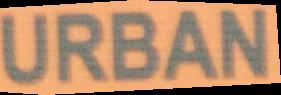
URBAN